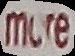
me